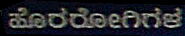
ಹೊರರೋಗಿಗಳ